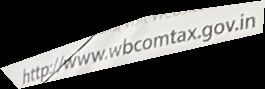
http://www.wbcomtax.gov.in